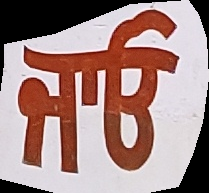
ਜਾਓ